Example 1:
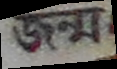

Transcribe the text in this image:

জন্ম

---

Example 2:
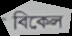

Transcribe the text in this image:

বিকেল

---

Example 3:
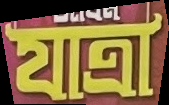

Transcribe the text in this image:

যাত্রা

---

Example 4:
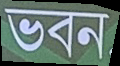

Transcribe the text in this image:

ভবন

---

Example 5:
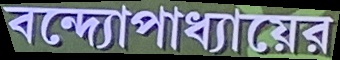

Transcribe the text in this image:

বন্দ্যোপাধ্যায়ের